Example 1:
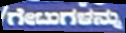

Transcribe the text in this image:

ಗೇಟುಗಳನ್ನು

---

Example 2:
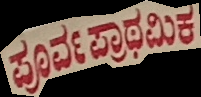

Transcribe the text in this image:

ಪೂರ್ವ ಪ್ರಾಥಮಿಕ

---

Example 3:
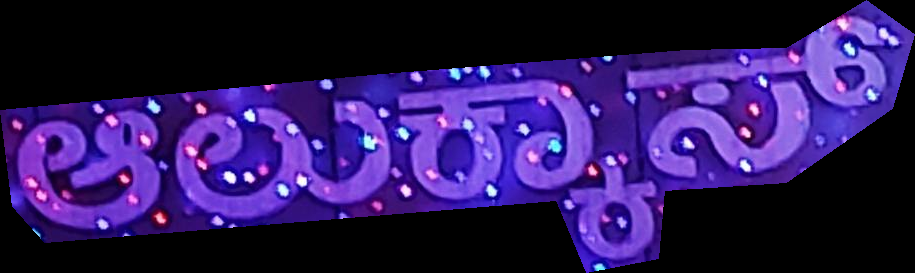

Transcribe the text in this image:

ಆಲುಕ್ಕಾಸ್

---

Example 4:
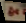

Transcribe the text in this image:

ಶ್ರೀ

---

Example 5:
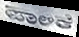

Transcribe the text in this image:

ಪಾೞಕ